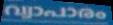
വ്യാപാരം